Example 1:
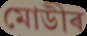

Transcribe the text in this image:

মোডীৰ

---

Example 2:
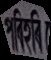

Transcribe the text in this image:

পৰিহৰি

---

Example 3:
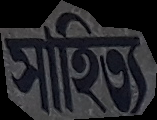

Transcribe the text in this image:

সাহিত্য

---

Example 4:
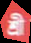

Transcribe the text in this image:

শ্রী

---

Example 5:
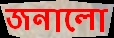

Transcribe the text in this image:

জনালো